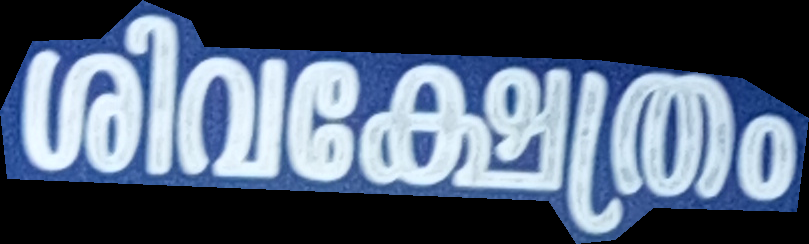
ശിവക്ഷേത്രം